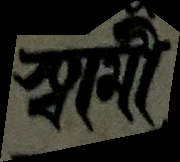
স্বামী